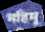
महिम